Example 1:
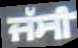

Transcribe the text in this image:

ਜੱਸੀ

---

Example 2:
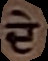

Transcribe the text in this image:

ਦੇ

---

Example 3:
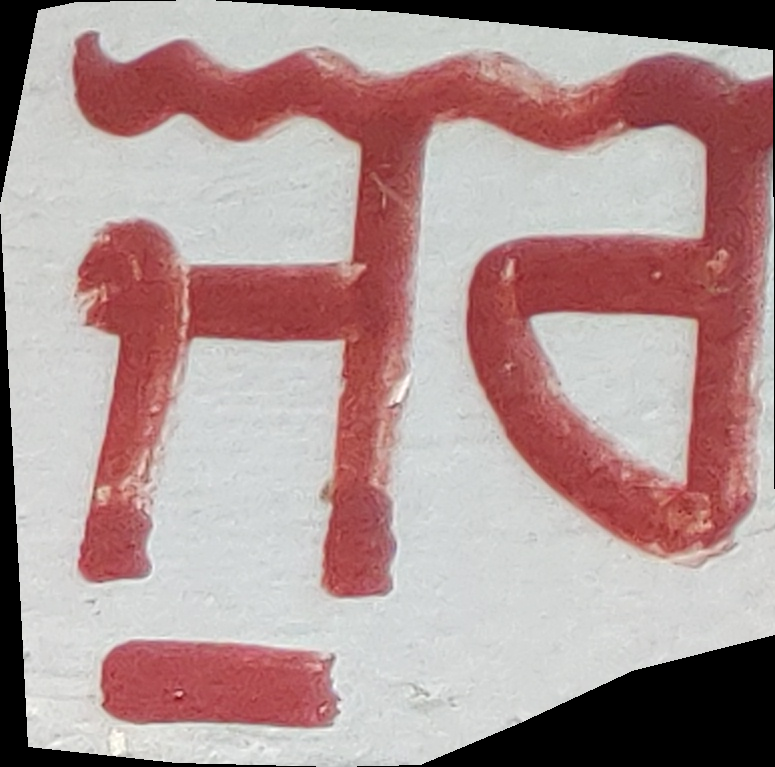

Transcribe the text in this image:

ਜੁਰ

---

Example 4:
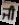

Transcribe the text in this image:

ਜੀ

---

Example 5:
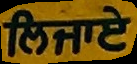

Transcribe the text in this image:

ਲਿਜਾਏ